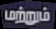
மற்றும்